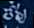
తపు